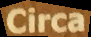
Circa